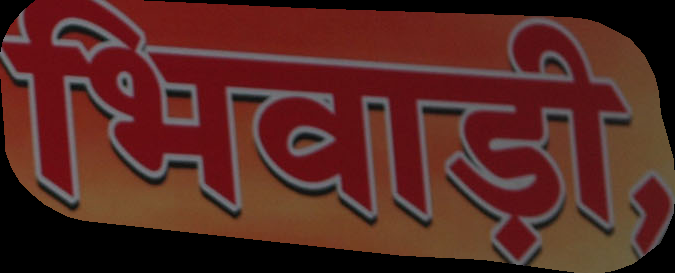
भिवाड़ी,